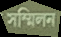
সম্মিলন